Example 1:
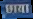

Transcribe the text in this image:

छाया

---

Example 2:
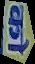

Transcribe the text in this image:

को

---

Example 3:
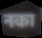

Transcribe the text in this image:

नका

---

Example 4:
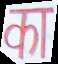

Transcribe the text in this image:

का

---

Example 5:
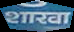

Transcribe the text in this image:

शारवा